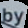
by